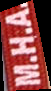
M.H.A.